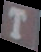
T